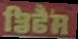
ਡਿਫੈਂਸ